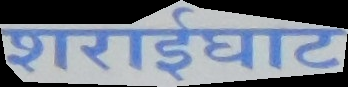
शराईघाट